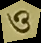
ও